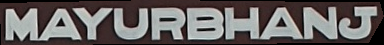
MAYURBHANJ